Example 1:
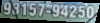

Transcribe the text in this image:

93157-94250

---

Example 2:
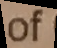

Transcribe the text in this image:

of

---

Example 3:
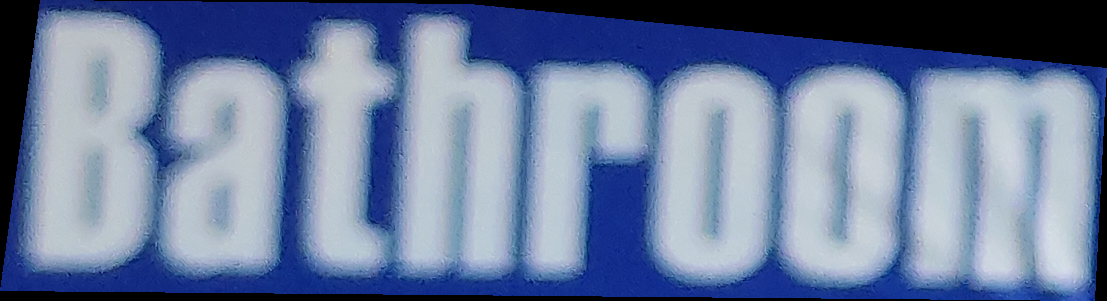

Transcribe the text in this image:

Bathroom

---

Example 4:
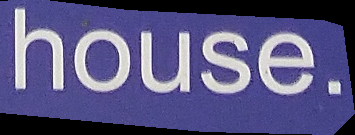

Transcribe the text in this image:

house.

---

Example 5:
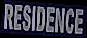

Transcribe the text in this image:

RESIDENCE